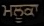
ਮਲੂਕਾ